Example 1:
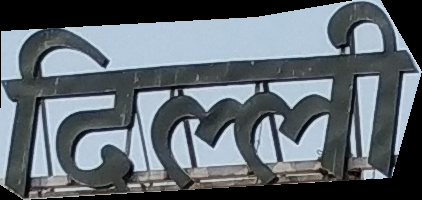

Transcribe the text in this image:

दिल्ली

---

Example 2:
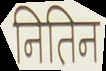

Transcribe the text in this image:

नितिन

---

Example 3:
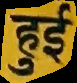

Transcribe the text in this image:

हुई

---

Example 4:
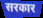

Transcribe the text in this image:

सरकार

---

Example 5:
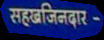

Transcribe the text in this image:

सहखजिनदार-